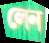
লেন